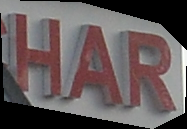
HAR